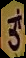
ਤਾਂ